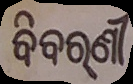
ବିବରଣା